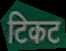
टिकट